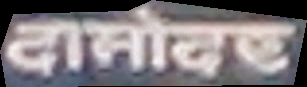
दामोदर